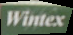
Wintex